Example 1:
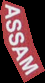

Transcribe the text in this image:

ASSAM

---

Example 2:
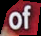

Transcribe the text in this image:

of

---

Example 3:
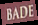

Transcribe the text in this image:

BADE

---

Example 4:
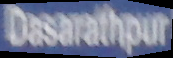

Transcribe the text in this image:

Dasarathpur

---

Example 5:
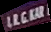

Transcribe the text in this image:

LR.G.KAR